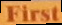
First